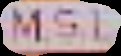
M.S.I.